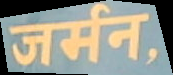
जर्मन,